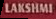
LAKSHMI